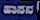
ಹಾಸನ